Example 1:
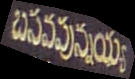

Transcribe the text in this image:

బసవవున్నయ్య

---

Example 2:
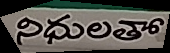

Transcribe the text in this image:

నిధులతో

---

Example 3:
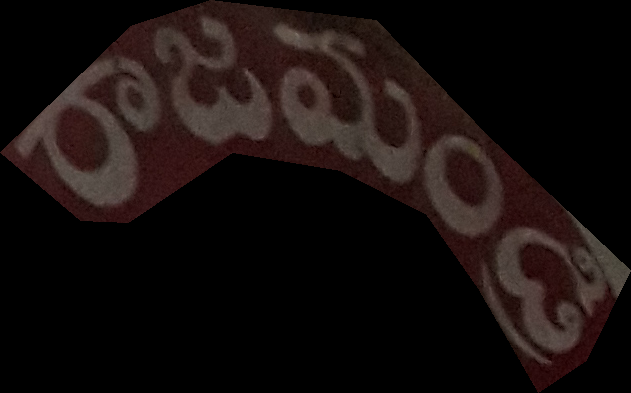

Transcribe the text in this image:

రాజమండ్రి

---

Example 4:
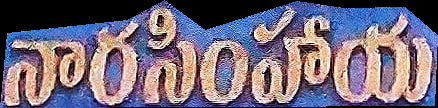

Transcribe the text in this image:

నారసింహాయ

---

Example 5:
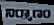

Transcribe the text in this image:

నిర్మాణం